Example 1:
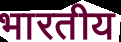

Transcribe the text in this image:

भारतीय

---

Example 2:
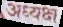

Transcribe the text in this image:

अध्यक्ष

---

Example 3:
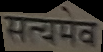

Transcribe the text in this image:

सत्वमेव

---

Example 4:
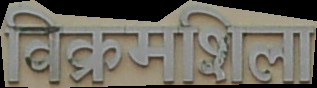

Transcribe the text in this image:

विक्रमशिला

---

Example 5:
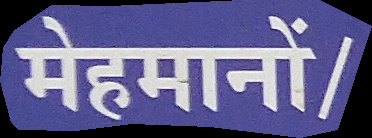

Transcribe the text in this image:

मेहमानों/